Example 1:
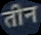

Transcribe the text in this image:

तीन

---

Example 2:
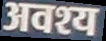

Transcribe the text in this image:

अवश्य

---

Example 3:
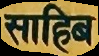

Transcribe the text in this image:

साहिब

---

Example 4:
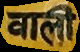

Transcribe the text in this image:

वाली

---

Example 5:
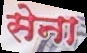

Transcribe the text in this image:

सेना